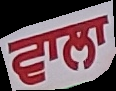
ਵਾਲਾ